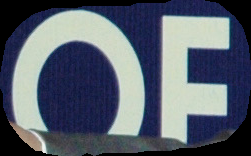
OF